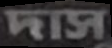
দাস